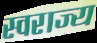
स्वराज्य